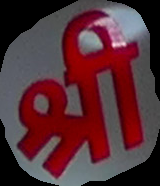
श्री